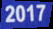
2017